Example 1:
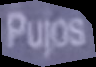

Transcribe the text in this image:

Pujas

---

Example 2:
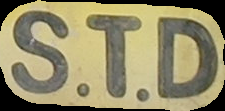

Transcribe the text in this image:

810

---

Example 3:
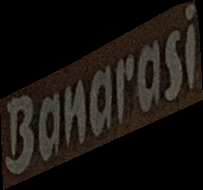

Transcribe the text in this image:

Banarasi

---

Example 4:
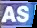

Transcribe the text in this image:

AS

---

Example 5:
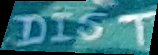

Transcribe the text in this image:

DIST